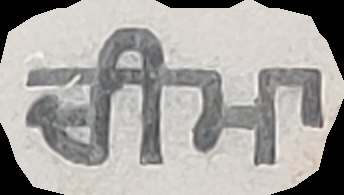
ਚੀਮਾ